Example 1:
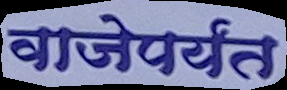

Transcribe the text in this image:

वाजेपर्यंत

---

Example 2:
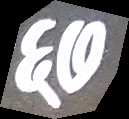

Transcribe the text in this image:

६७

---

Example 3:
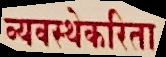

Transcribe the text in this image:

व्यवस्थेकरिता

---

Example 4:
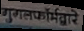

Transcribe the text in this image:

गुगलफॉर्मद्वारे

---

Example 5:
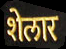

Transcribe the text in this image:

शेलार